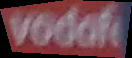
vodaf